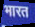
भारत